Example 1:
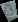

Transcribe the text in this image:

&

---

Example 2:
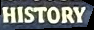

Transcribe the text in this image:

HISTORY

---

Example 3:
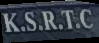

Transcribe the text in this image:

K.S.R.T.C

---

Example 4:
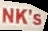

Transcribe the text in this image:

NK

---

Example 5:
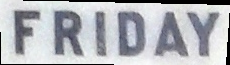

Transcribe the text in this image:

FRIDAY